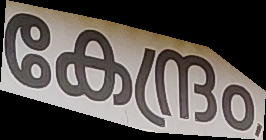
കേന്ദ്രം